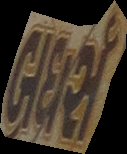
બ્રધર્સ